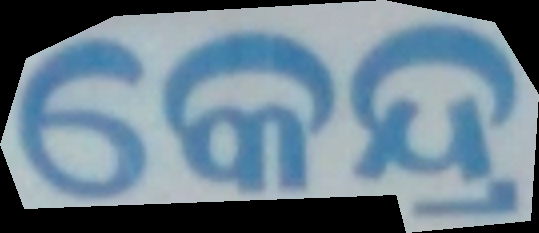
କେନ୍ଦ୍ର